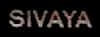
SIVAYA